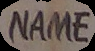
NAME